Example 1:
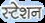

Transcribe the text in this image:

स्टेशन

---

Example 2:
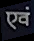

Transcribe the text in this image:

एवं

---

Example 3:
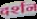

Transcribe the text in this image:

दर्शन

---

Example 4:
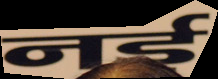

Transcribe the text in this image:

नई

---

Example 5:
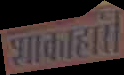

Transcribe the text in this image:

शाकाहारी